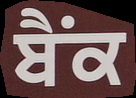
ਬੈਂਂਕ